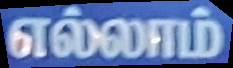
எல்லாம்